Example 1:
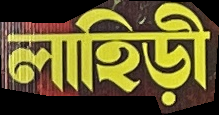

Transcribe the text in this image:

ল৷হিড়ী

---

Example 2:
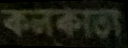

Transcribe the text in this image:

কলকাতা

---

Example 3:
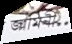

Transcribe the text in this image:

জামিনী...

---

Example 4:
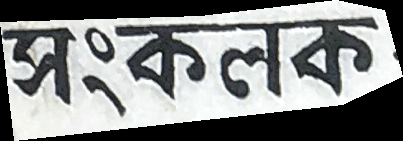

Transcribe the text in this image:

সংকলক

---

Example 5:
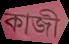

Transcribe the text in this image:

কাজী